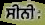
ਸੀਨੀ: